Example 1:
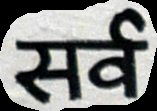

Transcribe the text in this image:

सर्व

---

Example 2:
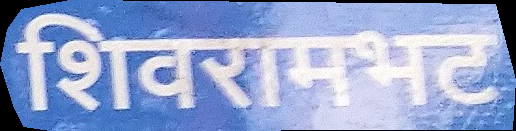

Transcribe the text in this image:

शिवरामभट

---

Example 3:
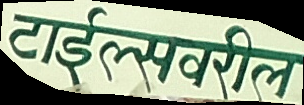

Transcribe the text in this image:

टाईल्सवरील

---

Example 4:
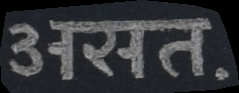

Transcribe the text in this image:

असत.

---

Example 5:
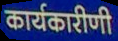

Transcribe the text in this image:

कार्यकारीणी